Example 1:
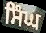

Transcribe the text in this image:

ਸਿੰਘ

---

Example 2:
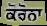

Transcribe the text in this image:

ਕੋਰੋਨ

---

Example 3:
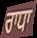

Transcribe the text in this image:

ਰਾਧਾ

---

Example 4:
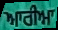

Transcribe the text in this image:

ਆਰੀਆ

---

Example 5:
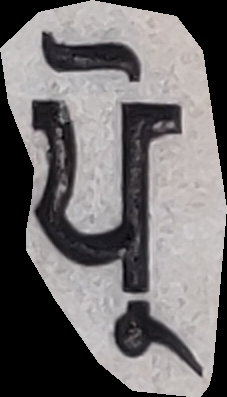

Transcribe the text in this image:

ਪ੍ਰੋ